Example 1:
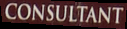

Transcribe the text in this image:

CONSULTANT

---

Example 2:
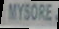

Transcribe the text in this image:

MYSORE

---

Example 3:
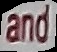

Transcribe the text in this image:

and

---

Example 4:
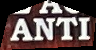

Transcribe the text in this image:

ANTI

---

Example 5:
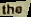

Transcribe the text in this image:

the